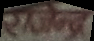
राजेन्द्र